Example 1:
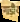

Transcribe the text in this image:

गाड़ीय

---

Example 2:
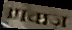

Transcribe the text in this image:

आवाज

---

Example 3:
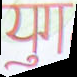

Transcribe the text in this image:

युग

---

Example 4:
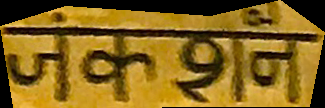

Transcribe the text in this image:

जंक्शन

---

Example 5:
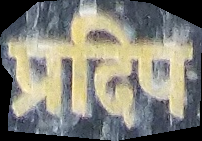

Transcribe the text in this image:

प्रदिप